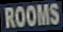
ROOMS